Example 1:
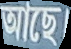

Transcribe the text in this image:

আছে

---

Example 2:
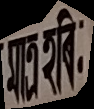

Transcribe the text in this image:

মাত্ৰ হৰিঃ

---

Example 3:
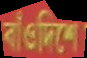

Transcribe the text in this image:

বাঁওদিশো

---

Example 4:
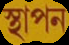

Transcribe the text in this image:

স্থাপন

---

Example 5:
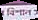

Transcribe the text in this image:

বিশাল